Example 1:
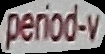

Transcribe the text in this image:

period-v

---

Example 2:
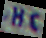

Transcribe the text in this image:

HC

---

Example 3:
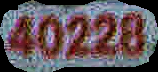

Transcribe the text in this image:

40228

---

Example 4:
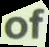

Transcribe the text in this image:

of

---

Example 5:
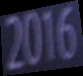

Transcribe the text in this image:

2016